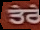
ਤੇਰੇ